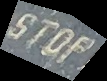
STOP